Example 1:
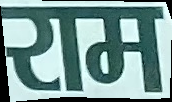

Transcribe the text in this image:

राम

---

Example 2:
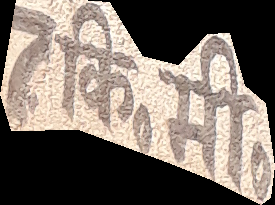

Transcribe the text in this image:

7कि.मी.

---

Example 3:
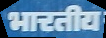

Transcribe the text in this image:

भारतीय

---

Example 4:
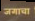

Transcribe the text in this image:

जगाचा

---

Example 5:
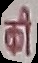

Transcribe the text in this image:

की